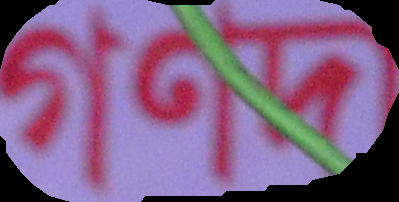
গণদ